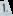
1.